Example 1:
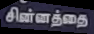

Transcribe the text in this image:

சின்னத்தை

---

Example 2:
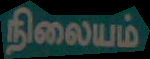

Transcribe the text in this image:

நிலையம்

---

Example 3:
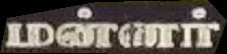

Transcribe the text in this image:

மன்னா்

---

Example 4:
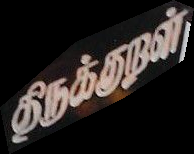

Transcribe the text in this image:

திநக்கறள்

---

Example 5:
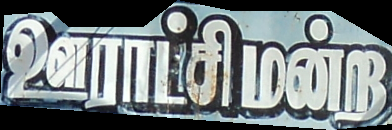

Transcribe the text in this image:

ஊராட்சிமன்ற